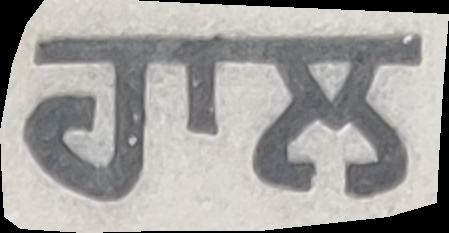
ਹਾਲ